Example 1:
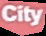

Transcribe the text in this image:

City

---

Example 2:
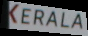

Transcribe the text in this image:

KERALA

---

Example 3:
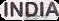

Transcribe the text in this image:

INDIA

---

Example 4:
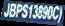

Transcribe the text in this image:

JBPS13890C)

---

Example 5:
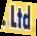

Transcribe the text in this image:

Ltd